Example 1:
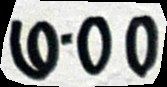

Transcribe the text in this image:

७-००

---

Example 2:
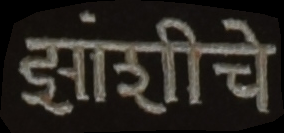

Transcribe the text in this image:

झांशीचे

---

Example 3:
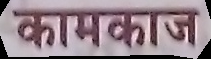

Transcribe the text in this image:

कामकाज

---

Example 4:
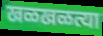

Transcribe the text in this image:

खळखळत्या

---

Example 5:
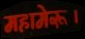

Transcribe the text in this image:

महामेरू।